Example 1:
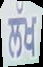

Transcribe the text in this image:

ਲੱਖ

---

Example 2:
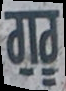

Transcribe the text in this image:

ਗੁਰੂ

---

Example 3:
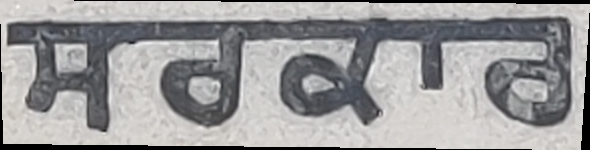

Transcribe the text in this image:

ਸਰਕਾਰ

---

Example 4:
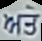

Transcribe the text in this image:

ਅਤੇ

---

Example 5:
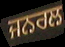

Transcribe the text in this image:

ਜਨਰਲ